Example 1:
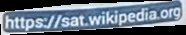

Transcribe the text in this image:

https://sat.wikipedia.org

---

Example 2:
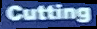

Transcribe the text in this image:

Cutting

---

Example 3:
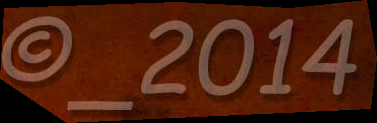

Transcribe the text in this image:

©_2014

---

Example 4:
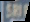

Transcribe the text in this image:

SRI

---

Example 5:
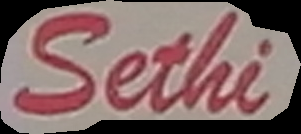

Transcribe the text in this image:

Sethi